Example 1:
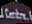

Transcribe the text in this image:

Centre.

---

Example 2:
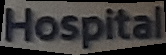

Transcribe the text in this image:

Hospital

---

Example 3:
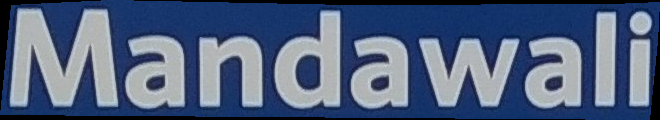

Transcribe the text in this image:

Mandawali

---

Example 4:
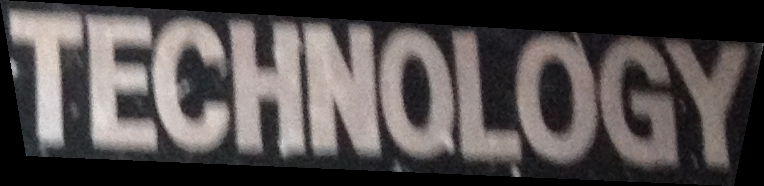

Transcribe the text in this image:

TECHNOLOGY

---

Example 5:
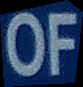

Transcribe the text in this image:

OF